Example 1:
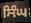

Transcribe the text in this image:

ਸਿੰਘ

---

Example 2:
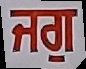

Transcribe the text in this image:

ਜਗੁ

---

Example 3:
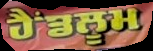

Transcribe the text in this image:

ਹੈਂਡਲੂਮ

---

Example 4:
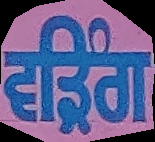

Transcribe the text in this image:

ਵੜਿੰਗ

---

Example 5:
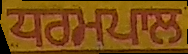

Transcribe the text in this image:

ਧਰਮਪਾਲ